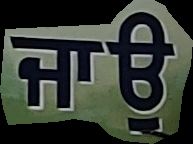
ਜਾਉ